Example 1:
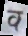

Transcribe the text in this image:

व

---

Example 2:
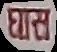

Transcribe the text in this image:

घास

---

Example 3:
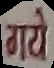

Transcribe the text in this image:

गये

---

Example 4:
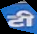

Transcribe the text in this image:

टी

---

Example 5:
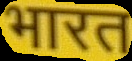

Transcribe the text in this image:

भारत